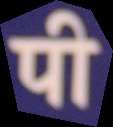
पी